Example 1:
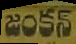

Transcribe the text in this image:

జంకగ్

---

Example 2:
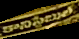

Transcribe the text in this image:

కానిస్టేబుల్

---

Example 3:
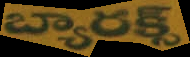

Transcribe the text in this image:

బ్యారక్స్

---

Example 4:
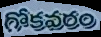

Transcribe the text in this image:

గోకవరం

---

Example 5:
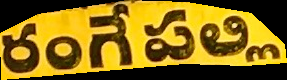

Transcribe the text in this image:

రంగే పల్లి